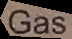
Gas